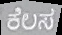
ಕೆಲಸ